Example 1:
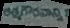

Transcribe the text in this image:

ఆత్మగౌరవాన్ని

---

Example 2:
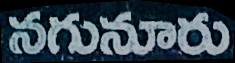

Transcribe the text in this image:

నగునూరు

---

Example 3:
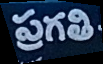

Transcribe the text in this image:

ప్రగతి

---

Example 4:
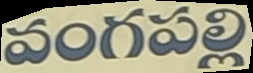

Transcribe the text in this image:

వంగపల్లి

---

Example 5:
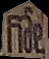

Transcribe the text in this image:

గోల